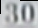
30